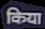
किया